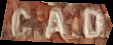
CAD